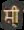
ਸ਼੍ਰੀ